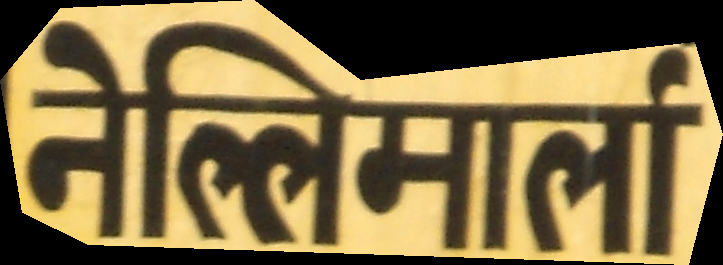
नेल्लिमार्ला